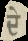
ਦੇ